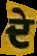
ਦੇ